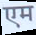
एम